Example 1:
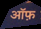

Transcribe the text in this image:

ऑफ़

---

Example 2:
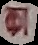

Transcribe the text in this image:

का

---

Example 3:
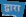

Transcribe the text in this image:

द्वारा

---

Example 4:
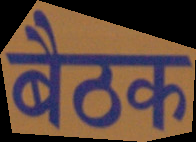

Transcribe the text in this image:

बैठक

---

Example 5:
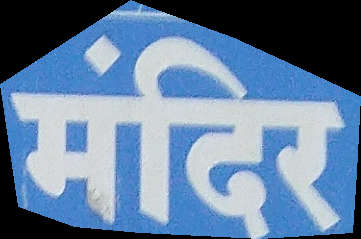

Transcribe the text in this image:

मंदिर